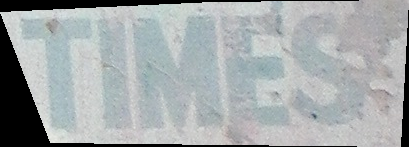
TIMES